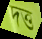
দত্ত